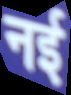
नई